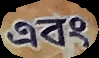
এবং